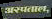
अस्पताल,